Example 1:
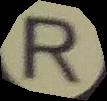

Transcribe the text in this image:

R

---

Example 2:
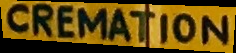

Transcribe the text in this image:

CREMATION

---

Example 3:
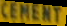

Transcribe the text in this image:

CEMENT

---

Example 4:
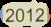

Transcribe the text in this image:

2012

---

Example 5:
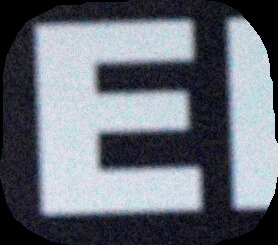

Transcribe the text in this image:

E